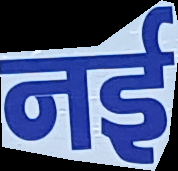
नई